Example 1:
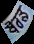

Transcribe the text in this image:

ਬੋਰਡ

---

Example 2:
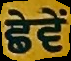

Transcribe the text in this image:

ਛੇਵੇਂ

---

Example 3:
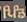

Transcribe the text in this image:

ਪਿੰਡ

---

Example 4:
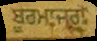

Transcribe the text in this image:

ਬੂਰਮਾਜਗ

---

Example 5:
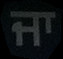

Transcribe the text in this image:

ਜਾ